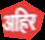
अहिर